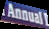
Annual